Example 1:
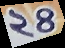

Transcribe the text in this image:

২৪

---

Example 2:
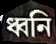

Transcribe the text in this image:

ধ্বনি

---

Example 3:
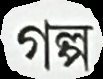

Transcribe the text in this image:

গল্প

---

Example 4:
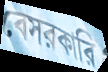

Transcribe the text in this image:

বেসরকারি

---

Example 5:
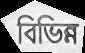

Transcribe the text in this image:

বিভিন্ন